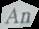
An